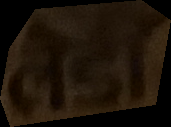
लेडी